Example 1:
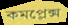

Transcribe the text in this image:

কমপ্লেক্স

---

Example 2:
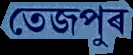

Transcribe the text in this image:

তেজপুৰ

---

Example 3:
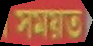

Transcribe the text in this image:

সময়ত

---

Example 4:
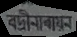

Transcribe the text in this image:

বদ্ৰীনাৰায়ন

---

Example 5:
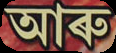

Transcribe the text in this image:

আৰু